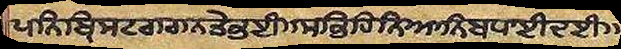
ਪਨਿਬਿੑਸਟਗਗਨਤੇਕੁਈ''ਸਭਿਹਿਨਿਆਨਿਬਧਾਈਦਈ'